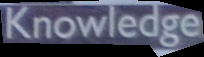
Knowledge